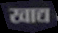
खाद्य